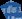
बँक